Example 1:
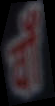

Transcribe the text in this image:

में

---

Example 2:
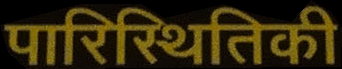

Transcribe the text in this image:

पारिस्थितिकी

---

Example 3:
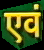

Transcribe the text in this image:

एवं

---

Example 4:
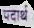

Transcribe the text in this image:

पदार्थ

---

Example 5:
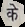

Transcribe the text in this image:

केे